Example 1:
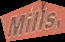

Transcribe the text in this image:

Mills,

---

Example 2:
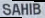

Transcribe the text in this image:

SAHIB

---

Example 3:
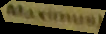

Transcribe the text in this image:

Maximus)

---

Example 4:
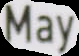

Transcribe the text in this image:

May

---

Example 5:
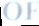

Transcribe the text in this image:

OF